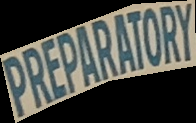
PREPARATORY